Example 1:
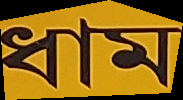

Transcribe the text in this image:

ধাম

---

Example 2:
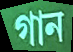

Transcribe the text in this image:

গান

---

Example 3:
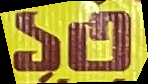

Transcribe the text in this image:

১৩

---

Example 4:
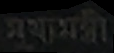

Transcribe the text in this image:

সখ্যমন্ত্রী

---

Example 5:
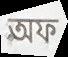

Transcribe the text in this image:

অফ